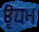
ਊਧਮ